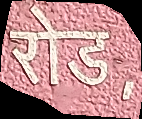
रोड,